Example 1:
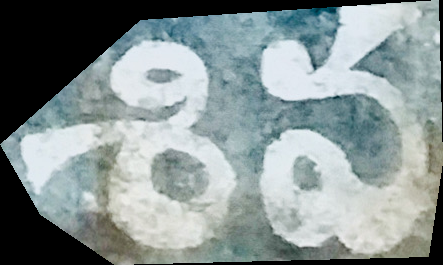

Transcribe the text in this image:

శివ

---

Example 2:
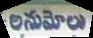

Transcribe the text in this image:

అనుమోలు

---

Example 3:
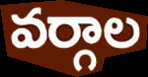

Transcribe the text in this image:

వర్గాల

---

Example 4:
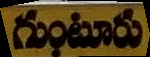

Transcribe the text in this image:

గుంటూరు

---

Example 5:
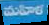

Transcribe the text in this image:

మహిళ